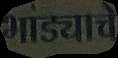
भांड्याचे